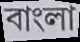
বাংলা